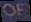
OF